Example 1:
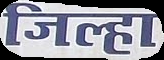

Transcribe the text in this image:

जिल्हा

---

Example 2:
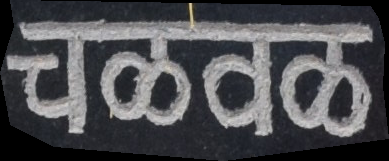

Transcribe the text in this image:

चळवळ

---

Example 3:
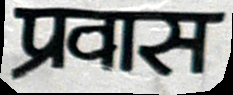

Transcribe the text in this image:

प्रवास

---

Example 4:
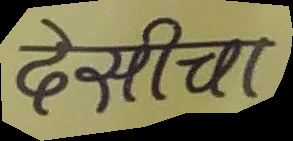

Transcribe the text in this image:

देसीचा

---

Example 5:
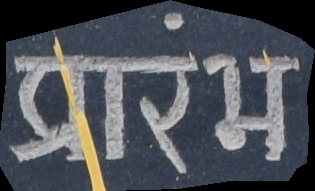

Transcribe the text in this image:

प्रारभ